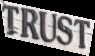
TRUST